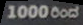
1000ರಿಂದ